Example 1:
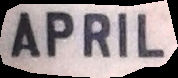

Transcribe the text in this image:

APRIL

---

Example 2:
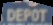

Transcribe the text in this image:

DEPOT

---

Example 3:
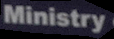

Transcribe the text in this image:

Ministry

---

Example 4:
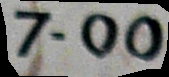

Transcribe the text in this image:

7-00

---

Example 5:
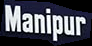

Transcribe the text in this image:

Manipur